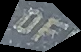
OF